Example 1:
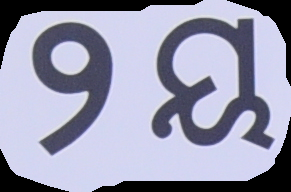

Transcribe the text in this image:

୨ୟ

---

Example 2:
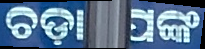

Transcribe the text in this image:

ଚଡ଼ାପଙ୍କ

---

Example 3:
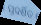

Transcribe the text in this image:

ପ୍ରଦର୍ଶିତ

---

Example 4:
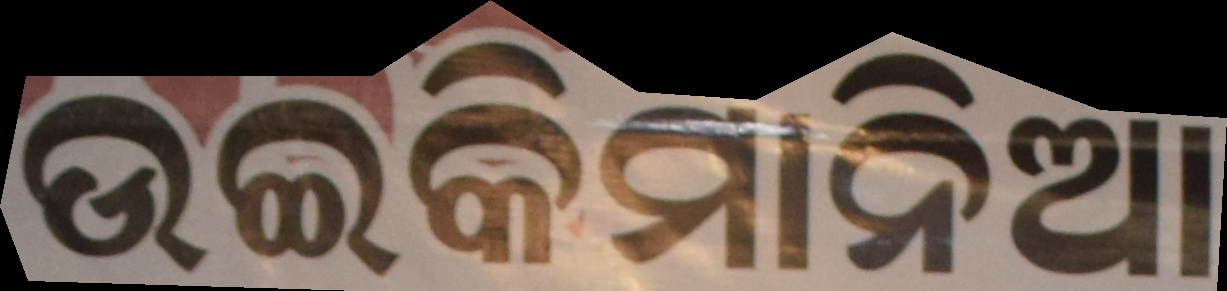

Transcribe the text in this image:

ଉଇକିମାନିଆ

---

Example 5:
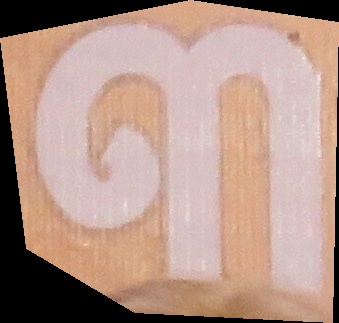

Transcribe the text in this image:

୩